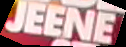
JEENE